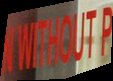
WITHOUTP